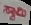
ಸ್ವಾಮಿ